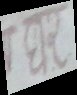
घर